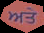
ਅਤੇ